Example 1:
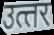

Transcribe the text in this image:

उत्‍तर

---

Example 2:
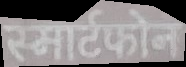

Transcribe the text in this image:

स्मार्टफोन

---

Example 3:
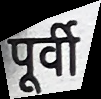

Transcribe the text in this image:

पूर्वी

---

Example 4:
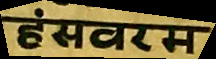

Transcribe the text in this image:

हंसवरम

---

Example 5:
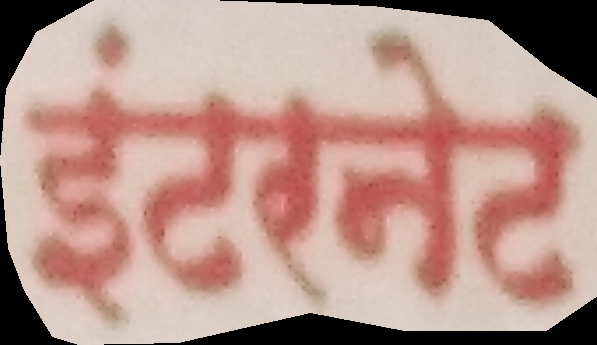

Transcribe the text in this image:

इंटरनेट